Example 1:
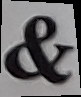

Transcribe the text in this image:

&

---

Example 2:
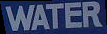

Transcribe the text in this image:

WATER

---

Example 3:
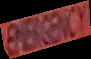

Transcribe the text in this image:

EMERGENCY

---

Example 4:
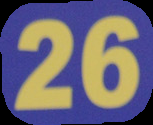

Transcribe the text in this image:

26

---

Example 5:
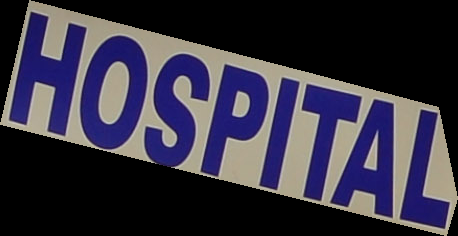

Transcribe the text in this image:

HOSPITAL